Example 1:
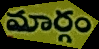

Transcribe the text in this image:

మార్గం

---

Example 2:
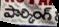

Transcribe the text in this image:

పార్కంగ్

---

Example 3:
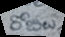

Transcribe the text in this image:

రోబిలు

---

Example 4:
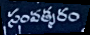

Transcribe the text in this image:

సంవత్సరం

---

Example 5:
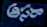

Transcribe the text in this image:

ఆసరా